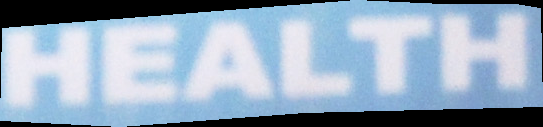
HEALTH